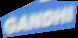
GANDHI